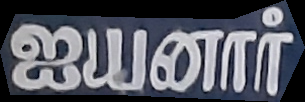
ஐயனாா்